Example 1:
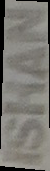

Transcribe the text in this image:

ISHAN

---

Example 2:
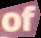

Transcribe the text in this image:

of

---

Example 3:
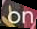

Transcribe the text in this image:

on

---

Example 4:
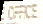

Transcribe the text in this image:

OFFICE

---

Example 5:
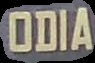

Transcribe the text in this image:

ODIA